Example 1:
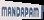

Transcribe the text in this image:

MANDAPAM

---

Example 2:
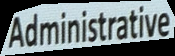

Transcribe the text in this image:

Administrative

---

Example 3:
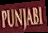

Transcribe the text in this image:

PUNJABI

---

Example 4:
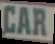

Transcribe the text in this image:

CAR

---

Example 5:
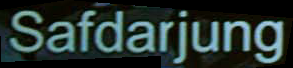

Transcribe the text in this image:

Safdarjung